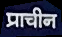
प्राचीन